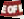
OF